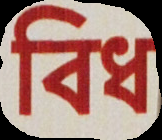
বিধ